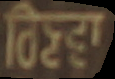
ਰਿਣਵਾ